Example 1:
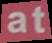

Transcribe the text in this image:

at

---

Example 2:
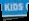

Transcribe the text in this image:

KIDS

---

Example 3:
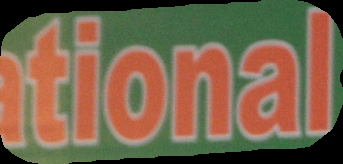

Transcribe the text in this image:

ational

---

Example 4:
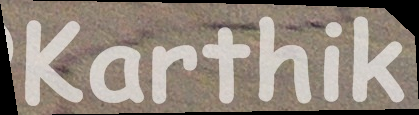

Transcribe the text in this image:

Karthik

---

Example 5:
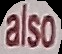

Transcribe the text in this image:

also